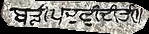
ਬਤੀਪਦਵੀਦੀਤੀ॥